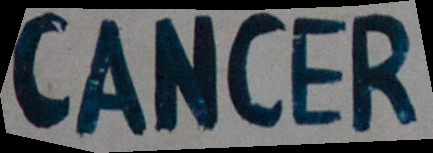
CANCER